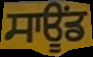
ਸਾਊਂਡ